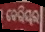
କେରିୟର